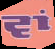
ਵਾਂ